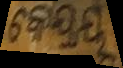
କେନ୍ଦ୍ରୟ